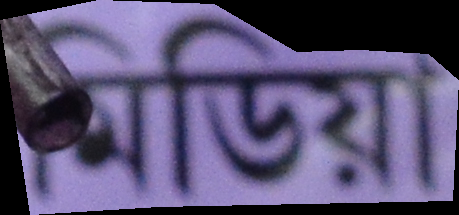
মিডিয়া